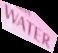
WATER